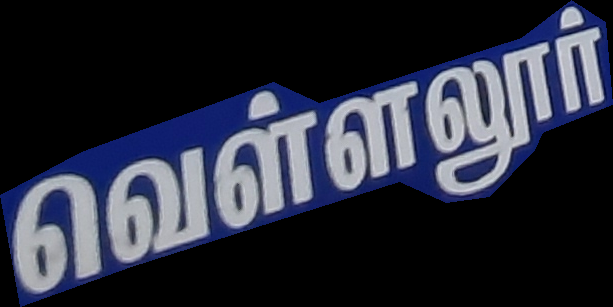
வெள்ளலூா்